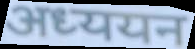
अध्ययन